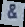
&